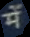
में